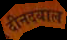
दीनदयाल